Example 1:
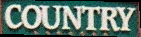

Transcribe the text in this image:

COUNTRY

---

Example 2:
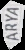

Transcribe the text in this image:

ARYA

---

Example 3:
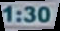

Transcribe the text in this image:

1:30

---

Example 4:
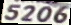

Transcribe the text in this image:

5206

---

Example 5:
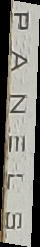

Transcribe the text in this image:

PANELS